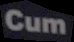
Cum